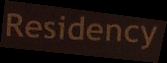
Residency